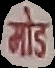
मोड